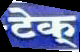
टेक्